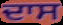
ਦਾਸ